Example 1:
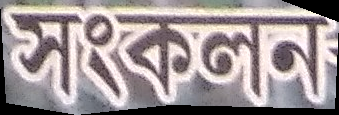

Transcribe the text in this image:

সংকলন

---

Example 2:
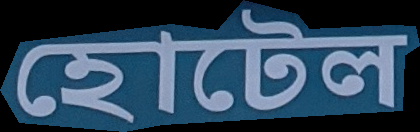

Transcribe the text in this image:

হোটেল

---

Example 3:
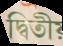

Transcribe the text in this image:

দ্বিতীয়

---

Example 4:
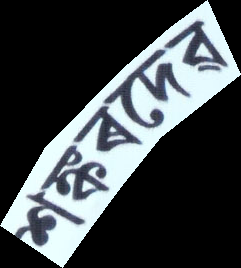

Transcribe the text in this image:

শঙ্কৰদেৱ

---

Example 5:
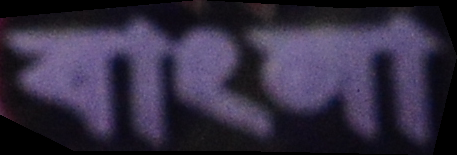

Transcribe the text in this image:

বাংলা